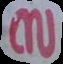
സ